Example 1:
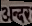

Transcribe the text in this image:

अन्दर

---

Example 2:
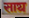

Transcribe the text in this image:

साथ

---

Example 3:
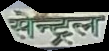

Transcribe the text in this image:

सेन्ट्रल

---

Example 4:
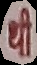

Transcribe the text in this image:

थी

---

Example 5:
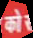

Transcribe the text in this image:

को